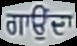
ਗਾਉਂਦਾ